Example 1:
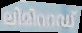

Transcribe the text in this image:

ലിമിററഡ്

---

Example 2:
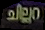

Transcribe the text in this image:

ചില്ലറ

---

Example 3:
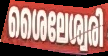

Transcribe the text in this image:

ശൈലേശ്വരി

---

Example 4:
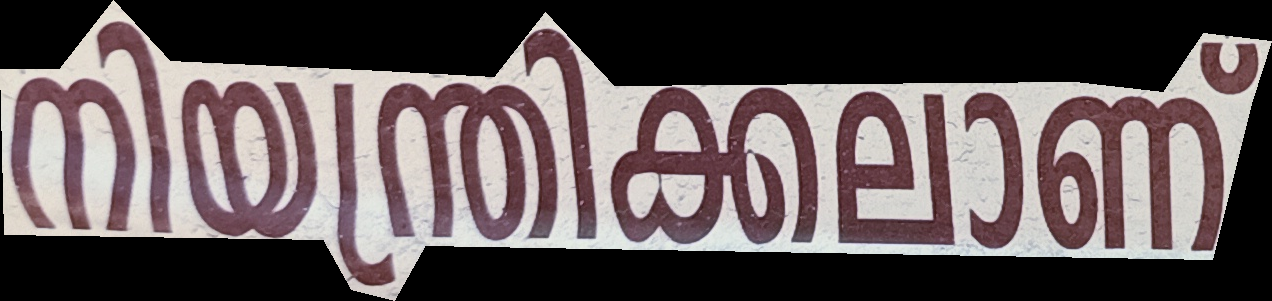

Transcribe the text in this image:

നിയന്ത്രിക്കലാണ്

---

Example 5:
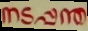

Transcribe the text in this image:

നടപ്പന്ത